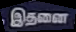
இதனை